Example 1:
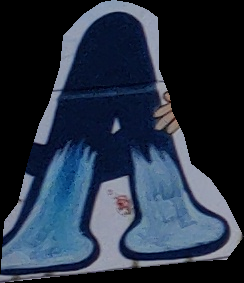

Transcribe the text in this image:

A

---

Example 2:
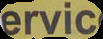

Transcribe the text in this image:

ervic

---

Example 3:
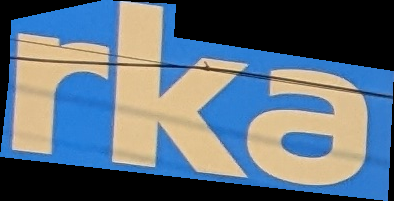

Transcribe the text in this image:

rka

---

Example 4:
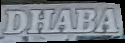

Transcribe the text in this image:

DHABA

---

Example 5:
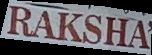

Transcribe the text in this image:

RAKSHA